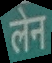
लेन